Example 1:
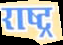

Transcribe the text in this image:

राष्ट्र्र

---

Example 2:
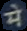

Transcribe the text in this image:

मेे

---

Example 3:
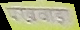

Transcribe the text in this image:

पखवाडा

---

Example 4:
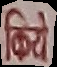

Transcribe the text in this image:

किये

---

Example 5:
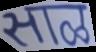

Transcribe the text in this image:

साळ